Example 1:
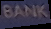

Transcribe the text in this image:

BANK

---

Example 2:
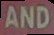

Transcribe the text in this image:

AND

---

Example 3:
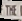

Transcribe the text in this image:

THE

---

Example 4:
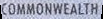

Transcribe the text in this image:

COMMONWEALTH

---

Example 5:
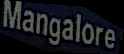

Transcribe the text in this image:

Mangalore